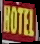
HOTEL